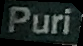
Puri